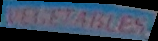
VEGETABLES